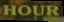
HOUR